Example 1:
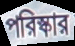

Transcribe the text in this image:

পরিস্কার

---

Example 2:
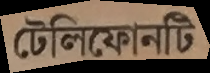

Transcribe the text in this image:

টেলিফোনটি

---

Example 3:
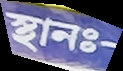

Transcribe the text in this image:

স্থানঃ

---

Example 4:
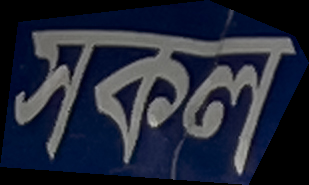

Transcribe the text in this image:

সকল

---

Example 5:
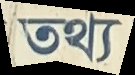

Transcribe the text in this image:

তথ্য